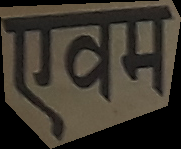
एवम